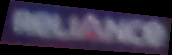
RELIANCE